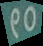
୧୦